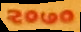
ર૦૭૦